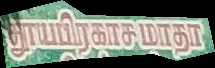
தூயபிரகாசமாதா